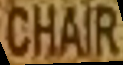
CHAIR